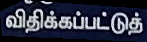
விதிக்கப்பட்டுத்